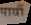
पायाँ